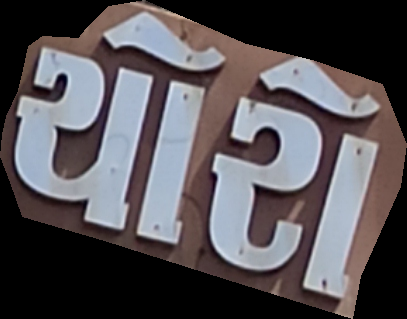
ચોરો